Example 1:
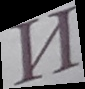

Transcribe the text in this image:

H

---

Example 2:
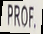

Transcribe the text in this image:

PROF.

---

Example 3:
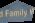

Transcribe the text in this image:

Family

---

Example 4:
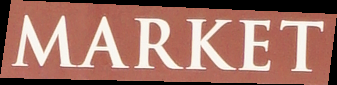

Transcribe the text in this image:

MARKET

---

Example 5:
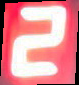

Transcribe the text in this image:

2